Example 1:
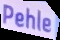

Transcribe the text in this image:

Pehle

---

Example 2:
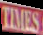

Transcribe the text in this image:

TIMES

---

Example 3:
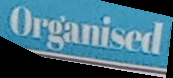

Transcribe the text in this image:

Organised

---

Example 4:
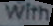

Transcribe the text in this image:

With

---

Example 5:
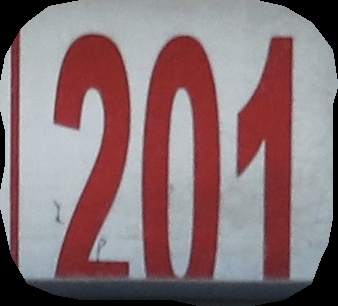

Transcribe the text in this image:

201